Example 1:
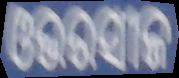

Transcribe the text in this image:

ଓଭରସୀକ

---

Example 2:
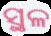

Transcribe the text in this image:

ସୁଳ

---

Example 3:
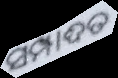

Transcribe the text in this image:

ସମ୍ପାଦତ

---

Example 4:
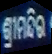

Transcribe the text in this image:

ଶ୍ରୀମନ୍ଦିର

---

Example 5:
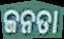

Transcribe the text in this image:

ଜନତା